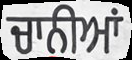
ਚਾਨੀਆਂ